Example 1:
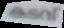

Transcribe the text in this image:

കടവ്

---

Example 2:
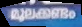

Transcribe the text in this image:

മൂലക്കണ്ടം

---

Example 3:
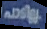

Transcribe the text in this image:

പാടില്ല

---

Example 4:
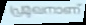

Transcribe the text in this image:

പ്രമുഖനാണ്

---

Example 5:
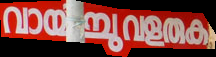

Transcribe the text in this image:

വായ ചുവളതക